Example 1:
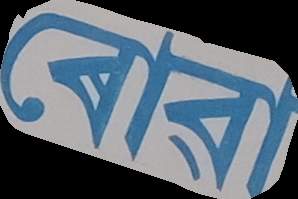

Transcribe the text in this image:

বোৱা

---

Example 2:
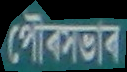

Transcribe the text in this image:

পৌৰসভাৰ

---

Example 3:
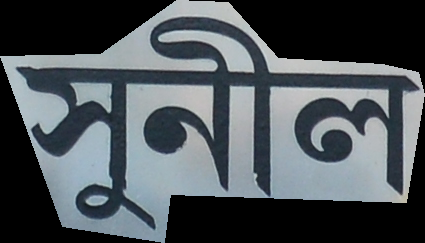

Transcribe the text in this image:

সুনীল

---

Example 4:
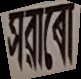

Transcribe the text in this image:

সৱাৰো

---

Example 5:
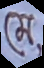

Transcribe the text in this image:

মে,